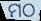
ମଠ